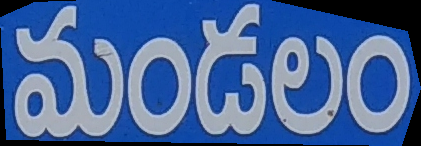
మండలం